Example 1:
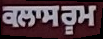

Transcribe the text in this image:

ਕਲਾਸਰੂਮ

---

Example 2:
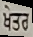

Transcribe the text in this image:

ਖੇਤਰ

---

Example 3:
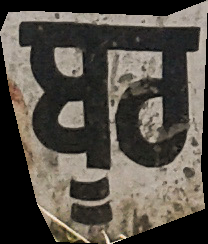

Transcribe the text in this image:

ਬੂਹ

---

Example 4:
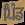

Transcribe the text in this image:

ਪਿੰਡ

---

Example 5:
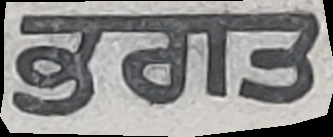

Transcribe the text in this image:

ਭਗਤ